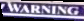
WARNING